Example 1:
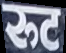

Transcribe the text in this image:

रुट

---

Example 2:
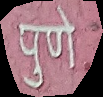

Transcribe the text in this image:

पुणे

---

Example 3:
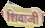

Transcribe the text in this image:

शिवाजी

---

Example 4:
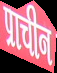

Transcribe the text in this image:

प्राचीन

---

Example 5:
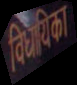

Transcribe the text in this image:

विधायिका